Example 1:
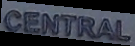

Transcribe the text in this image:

CENTRAL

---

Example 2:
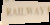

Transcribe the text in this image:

RAILWAY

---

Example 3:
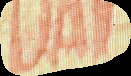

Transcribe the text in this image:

UAI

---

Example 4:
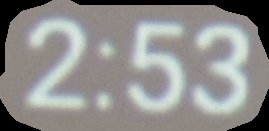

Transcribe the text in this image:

2:53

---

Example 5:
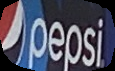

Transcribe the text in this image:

pepsi